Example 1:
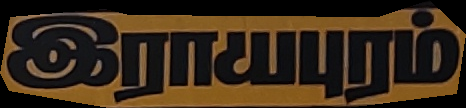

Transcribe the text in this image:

இராயபுரம்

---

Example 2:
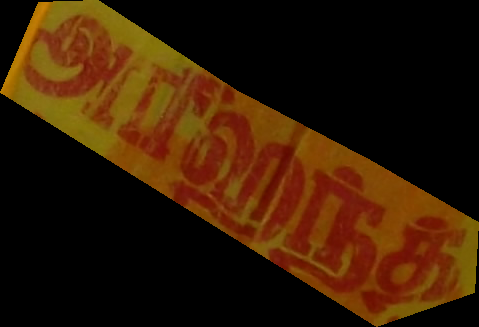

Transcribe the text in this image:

அரிஹந்த்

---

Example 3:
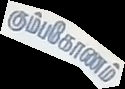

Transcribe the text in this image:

கும்பகோணம்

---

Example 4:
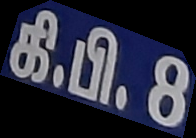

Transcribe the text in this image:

கி.பி. 8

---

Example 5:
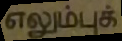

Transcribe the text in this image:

எலும்புக்